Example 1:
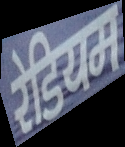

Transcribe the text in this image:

रेडियम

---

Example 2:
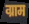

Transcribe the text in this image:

ग्राम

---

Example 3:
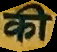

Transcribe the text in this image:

की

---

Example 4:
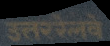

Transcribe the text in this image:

उत्तररेलवे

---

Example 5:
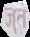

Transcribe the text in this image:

जूते